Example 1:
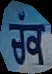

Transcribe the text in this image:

ਚੱਕ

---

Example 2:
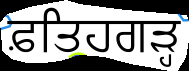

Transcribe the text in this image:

ਫ਼ਤਿਹਗੜ੍ਹ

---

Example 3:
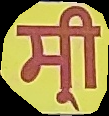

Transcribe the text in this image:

ਸ੍ਰੀ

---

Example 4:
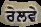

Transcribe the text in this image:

ਰੇਲਵੇ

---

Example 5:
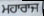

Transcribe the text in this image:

ਮਹਾਰਾਜ